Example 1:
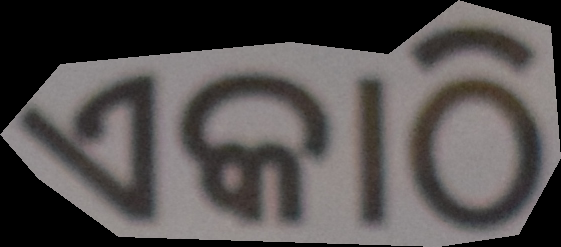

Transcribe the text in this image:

ଏକାଠି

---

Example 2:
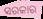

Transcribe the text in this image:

ସରକାର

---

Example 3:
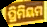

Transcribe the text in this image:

ପ୍ରିମିତମ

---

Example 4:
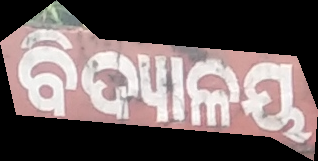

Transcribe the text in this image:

ବିଦ୍ୟାଳୟ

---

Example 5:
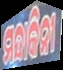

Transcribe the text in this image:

ମତାକିନା